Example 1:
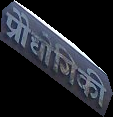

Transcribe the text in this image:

प्रौद्योगिकी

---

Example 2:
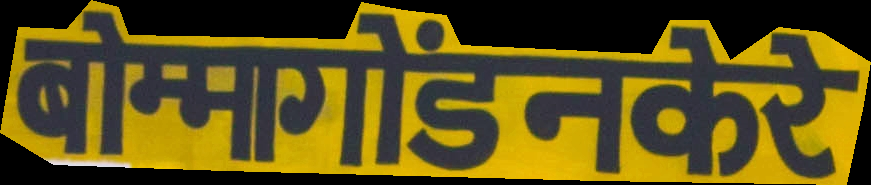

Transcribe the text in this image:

बोम्मागोंडनकेरे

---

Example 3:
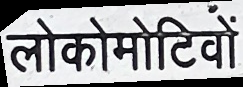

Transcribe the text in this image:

लोकोमोटिवों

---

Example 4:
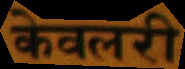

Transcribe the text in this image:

केवलरी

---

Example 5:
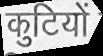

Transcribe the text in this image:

कुटियों